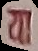
या